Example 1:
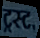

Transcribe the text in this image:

ट्रस्ट,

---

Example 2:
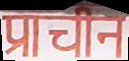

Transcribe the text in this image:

प्राचीन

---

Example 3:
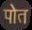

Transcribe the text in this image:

पोत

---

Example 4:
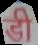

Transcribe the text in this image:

डी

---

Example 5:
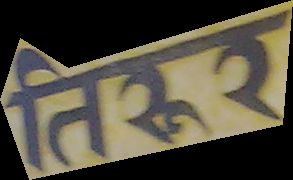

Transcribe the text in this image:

तिरूर